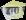
द्वारा